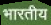
भारतीय